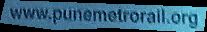
www.punemetrorall.org